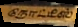
நோட்டீஸ்